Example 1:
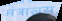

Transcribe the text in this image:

मंत्रालय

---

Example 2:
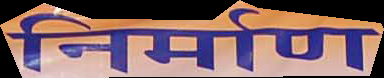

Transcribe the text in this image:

निर्माण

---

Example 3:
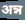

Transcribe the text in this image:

अन्न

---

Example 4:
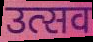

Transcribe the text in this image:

उत्सव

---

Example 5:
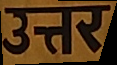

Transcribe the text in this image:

उत्तर